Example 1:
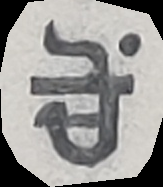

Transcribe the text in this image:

ਚੋਂ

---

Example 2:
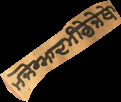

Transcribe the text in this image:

ਮਜੋਆਦਮੀਭੇਜੇਥੇਾ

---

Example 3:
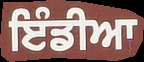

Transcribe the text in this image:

ਇੰਡੀਆ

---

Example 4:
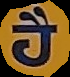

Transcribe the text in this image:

ਹੈ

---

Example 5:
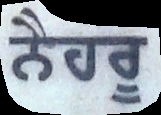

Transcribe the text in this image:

ਨੈਹਰੂ